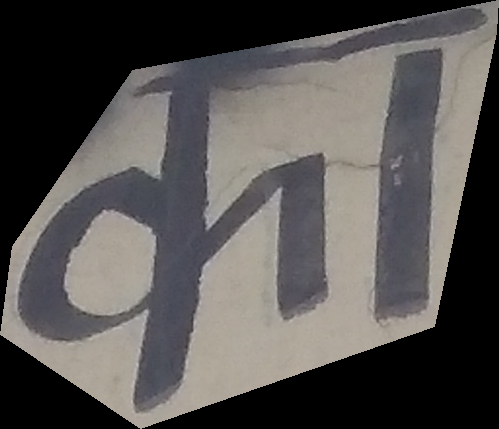
का